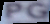
PG